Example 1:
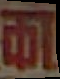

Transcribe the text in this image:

का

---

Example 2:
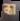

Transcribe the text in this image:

का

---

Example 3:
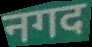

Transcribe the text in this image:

नगद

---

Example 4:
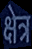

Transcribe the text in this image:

क्षेत्र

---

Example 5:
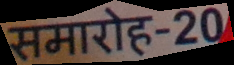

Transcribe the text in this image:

समारोहः२०